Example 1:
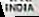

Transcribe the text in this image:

INDIA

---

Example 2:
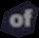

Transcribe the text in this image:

of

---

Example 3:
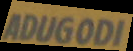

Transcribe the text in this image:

ADUGODI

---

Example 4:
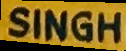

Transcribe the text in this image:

SINGH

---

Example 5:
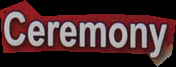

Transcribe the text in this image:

Ceremony